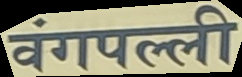
वंगपल्ली